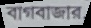
বাগবাজার